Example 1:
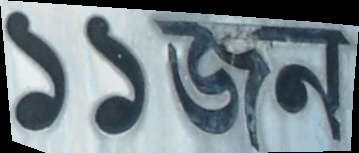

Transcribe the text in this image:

১১জন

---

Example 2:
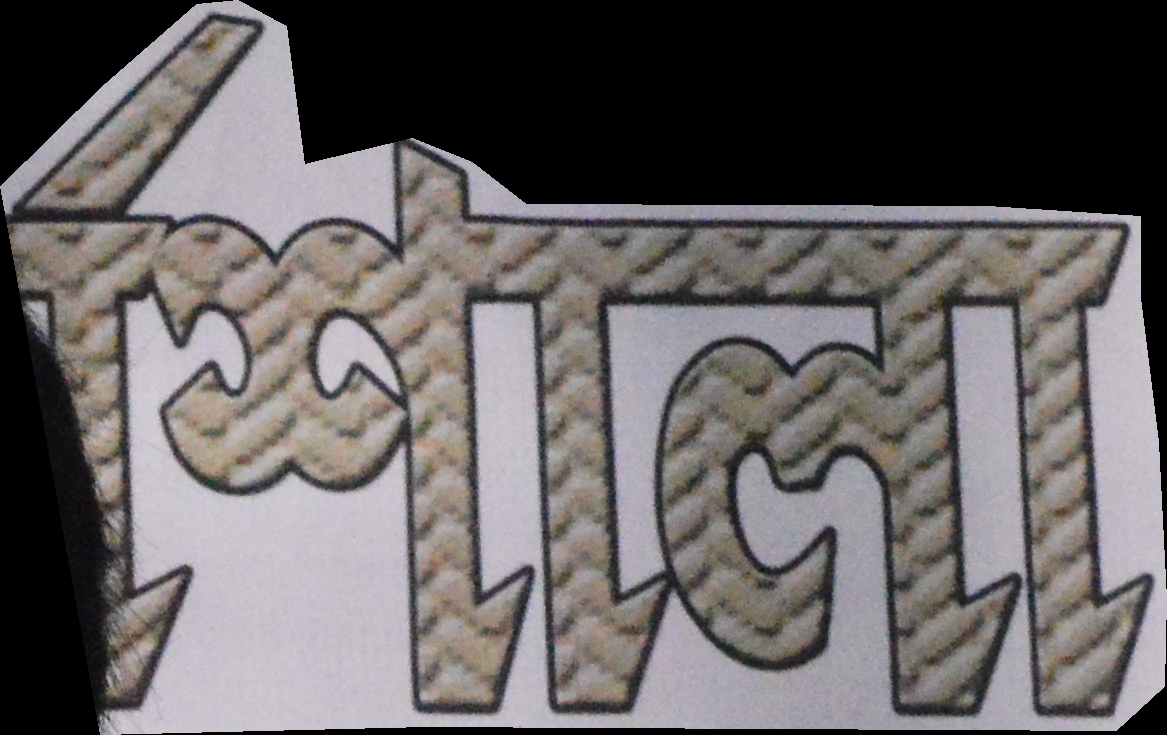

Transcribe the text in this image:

শালা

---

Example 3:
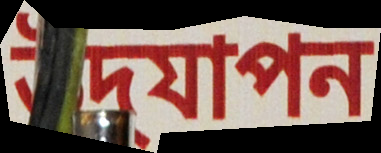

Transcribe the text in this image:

উদযাপন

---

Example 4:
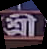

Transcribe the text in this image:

শ্রী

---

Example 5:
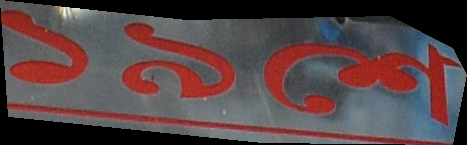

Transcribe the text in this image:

১৯শে